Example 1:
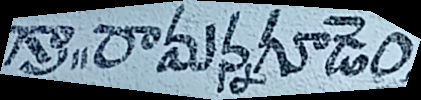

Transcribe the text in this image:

గ్రా॥రామన్నగూడెం,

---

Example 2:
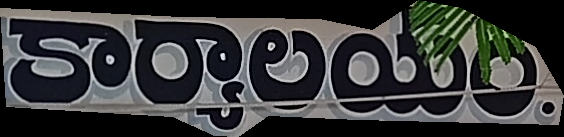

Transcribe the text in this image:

కార్యాలయల.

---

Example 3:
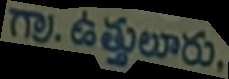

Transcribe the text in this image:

గ్రా, ఉత్తులూరు,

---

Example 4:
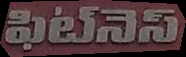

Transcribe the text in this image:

ఫిట్ నెన్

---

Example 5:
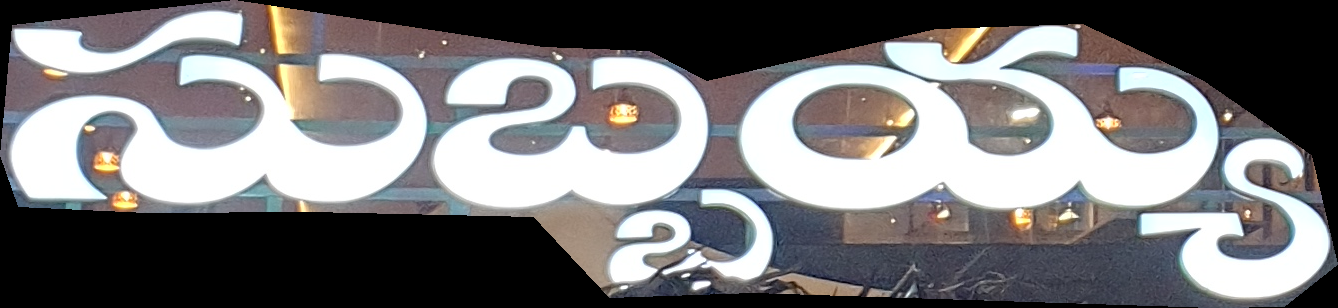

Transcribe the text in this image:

సుబ్బయ్య